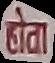
होता